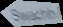
Swachh